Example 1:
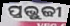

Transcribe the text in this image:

ପ୍ରଭୁଜୀ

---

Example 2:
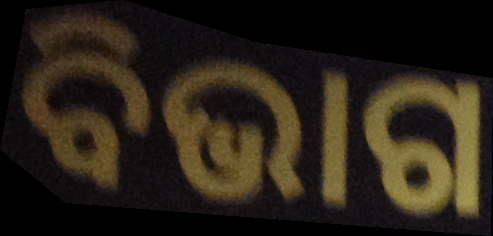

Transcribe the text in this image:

ବିଭାଗ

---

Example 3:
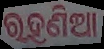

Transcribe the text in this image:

ରଦୁଣିଆ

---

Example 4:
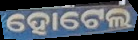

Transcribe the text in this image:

ହୋଟେଲ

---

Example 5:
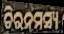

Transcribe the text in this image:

ଚିରନମସ୍ଯ